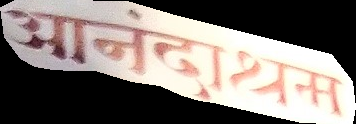
आनंदाश्रम